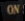
ON